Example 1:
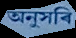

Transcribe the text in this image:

অনুসৰি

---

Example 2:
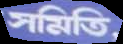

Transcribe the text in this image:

সমিতি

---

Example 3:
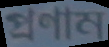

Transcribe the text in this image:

প্রণাম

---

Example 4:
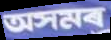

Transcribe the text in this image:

অসমৰ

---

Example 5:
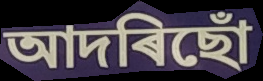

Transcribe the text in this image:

আদৰিছোঁ